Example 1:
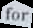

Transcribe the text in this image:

for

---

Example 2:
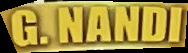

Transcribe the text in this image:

G.NANDI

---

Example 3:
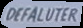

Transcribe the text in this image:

DEFALUTER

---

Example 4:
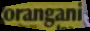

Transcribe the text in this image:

orangani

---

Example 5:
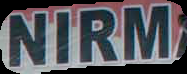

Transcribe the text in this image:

NIRM